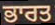
ਭਾਰਤ